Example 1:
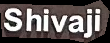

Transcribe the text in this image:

Shivaji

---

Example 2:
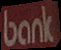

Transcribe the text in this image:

bank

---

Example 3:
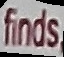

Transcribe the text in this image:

finds,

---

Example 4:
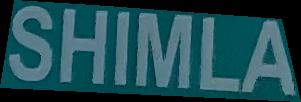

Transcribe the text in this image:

SHIMLA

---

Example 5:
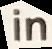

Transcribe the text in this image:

in